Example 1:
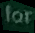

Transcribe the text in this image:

for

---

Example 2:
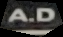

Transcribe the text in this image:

A.D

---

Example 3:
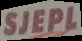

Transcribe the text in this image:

SJEPL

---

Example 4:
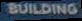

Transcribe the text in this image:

BUILDING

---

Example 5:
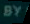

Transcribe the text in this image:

BY